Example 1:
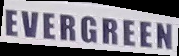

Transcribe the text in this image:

EVERGREEN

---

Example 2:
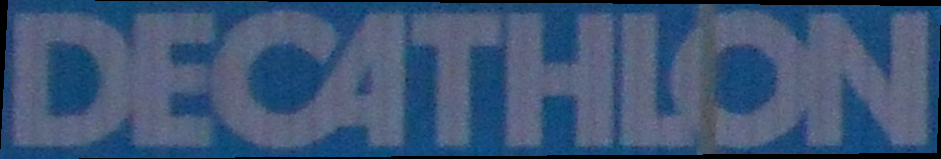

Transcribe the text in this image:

DECATHLON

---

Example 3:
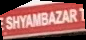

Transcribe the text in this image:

SHYAMBAZAR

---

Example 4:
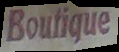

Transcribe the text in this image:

Boutique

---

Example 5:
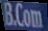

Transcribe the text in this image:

B.Com